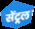
सेंट्रल